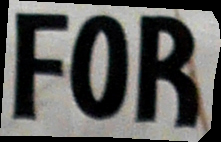
FOR